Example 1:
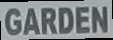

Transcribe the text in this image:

GARDEN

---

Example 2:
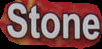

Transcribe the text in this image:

Stone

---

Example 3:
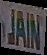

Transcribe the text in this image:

JAIN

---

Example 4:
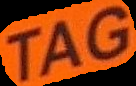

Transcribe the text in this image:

TAG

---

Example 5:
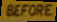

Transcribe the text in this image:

BEFORE